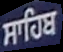
ਸਾਹਿਬ